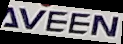
AVEEN